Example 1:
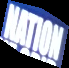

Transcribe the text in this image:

NATION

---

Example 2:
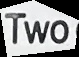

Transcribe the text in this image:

Two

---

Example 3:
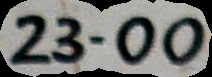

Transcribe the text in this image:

23-00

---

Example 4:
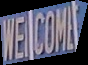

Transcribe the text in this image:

WELCOME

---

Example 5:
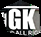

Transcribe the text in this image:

GK